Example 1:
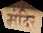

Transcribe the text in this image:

मंदिर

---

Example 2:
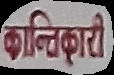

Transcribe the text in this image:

क्रांतिकारी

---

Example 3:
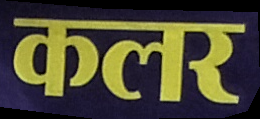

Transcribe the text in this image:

कलर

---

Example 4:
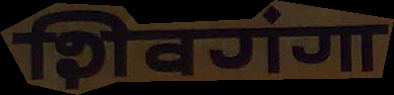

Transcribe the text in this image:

शिवगंगा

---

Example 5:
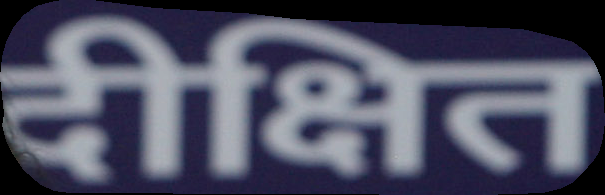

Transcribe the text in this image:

दीक्षित